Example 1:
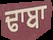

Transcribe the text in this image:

ਢਾਬਾ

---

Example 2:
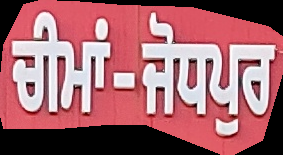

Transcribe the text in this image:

ਚੀਮਾਂ-ਜੋਧਪੁਰ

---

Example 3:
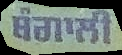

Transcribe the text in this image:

ਬੰਗਾਲੀ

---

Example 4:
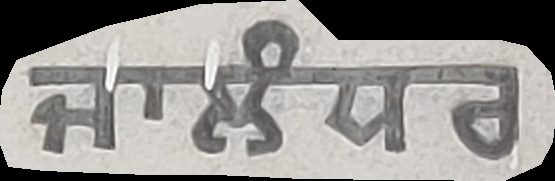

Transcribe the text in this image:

ਜਾਲੰਧਰ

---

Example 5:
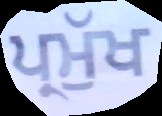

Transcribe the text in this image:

ਪ੍ਰਮੁੱਖ